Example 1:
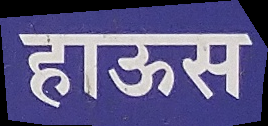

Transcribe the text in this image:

हाऊस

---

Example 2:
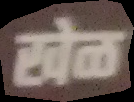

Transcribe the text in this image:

खेळ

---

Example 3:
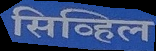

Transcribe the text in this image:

सिव्हिल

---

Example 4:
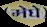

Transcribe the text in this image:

(मेघे)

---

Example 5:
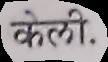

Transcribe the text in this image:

केली.